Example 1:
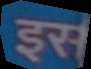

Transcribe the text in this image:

इस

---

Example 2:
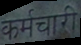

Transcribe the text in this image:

कर्मचारी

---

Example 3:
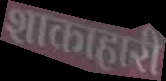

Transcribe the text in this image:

शाकाहारी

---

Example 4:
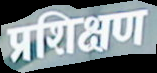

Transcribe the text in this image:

प्रशिक्षण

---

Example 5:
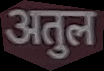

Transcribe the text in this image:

अतुल